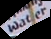
Water